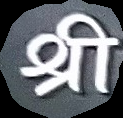
श्री